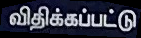
விதிக்கப்பட்டு